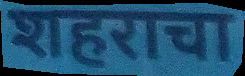
शहराचा